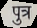
पु‍त्र